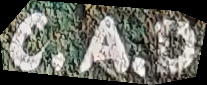
C.A.D